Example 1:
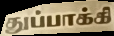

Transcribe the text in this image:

துப்பாக்கி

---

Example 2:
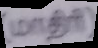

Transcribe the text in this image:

மாதிாி)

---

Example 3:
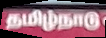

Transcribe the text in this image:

தமிழ்நாடு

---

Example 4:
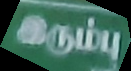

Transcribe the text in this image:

இ௫ம்பு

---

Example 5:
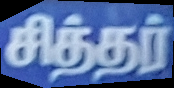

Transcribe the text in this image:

சித்தர்